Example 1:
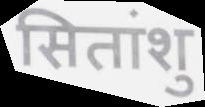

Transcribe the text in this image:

सितांशु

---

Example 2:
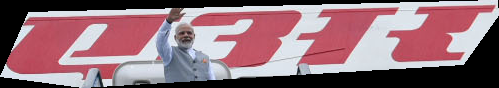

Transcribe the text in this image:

एअर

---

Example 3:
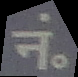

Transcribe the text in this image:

नं॰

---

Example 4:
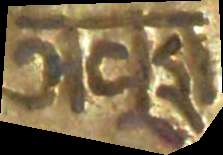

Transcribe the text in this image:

ञवूज्ञ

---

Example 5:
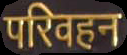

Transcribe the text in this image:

परिवहन